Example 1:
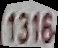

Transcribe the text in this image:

1316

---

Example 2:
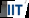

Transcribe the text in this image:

IIT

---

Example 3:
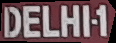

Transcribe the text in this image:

DELHI-1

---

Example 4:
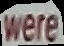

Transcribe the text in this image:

were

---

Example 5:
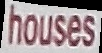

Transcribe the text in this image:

houses